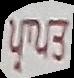
ਪ੍ਰਾਪਤ